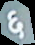
६